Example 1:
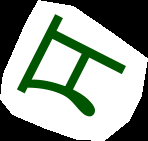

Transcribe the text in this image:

ਸ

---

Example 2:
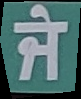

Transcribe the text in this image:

ਜੇ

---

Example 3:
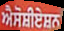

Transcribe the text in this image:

ਐਸੋਸ਼ੀਏਸ਼ਨ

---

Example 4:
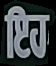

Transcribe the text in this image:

ਇਹ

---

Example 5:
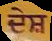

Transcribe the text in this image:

ਦੇਸ਼